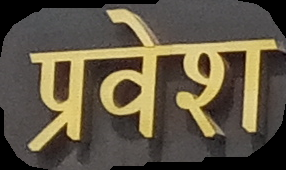
प्रवेश